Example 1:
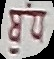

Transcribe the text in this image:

ਬੁਧ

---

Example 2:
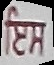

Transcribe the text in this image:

ਇਸ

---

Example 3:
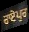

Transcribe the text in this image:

ਰਾਏਪੁਰ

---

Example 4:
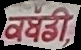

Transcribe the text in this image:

ਕਬੱਡੀ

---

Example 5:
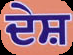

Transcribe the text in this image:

ਦੇਸ਼